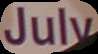
July